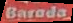
Barada